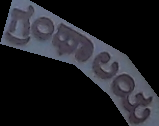
ಗ್ರಂಥಾಲಯ